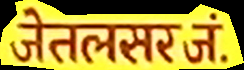
जेतलसर जं.